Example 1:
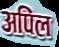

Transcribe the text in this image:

अपिल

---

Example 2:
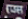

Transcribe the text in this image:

हाउस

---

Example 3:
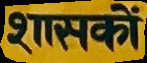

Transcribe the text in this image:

शासकों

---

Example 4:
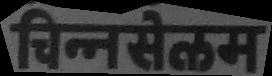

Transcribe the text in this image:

चिन्नसेळम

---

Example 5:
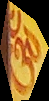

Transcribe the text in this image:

ॐ